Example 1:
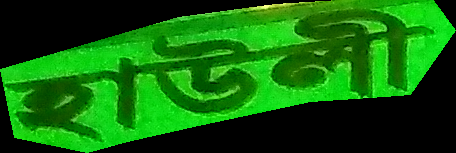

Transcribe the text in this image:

হাউলী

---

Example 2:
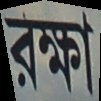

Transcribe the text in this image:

রক্ষা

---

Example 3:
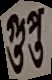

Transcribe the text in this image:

গুপ্ত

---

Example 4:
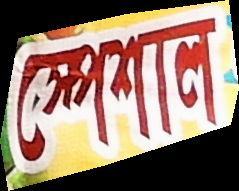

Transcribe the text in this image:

স্পেশাল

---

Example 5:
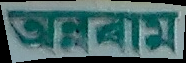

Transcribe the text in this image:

অন্নৰাম